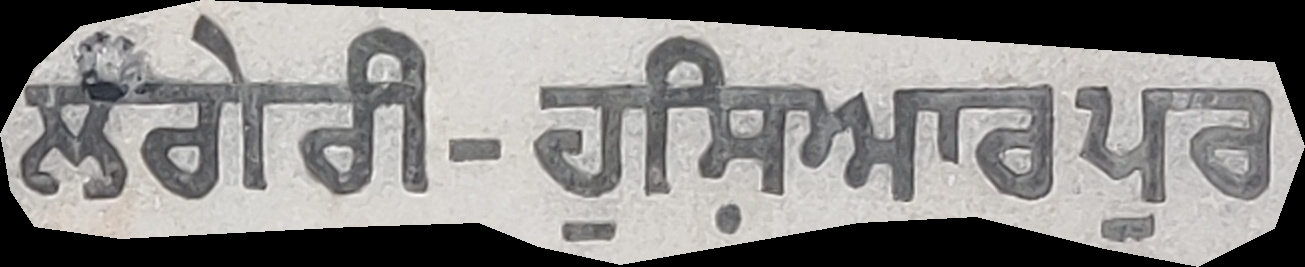
ਲੰਗੇਰੀ- ਹੁਸ਼ਿਆਰਪੁਰ